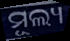
ମୂଲ୍ଯ